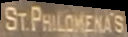
ST.PHILOMENA